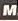
M